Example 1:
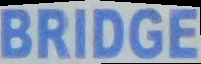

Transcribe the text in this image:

BRIDGE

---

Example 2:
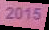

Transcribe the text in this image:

2015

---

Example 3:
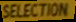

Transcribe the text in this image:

SELECTION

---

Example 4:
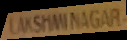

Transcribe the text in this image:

LAKSHMINAGAR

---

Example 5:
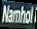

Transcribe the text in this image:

Namhol